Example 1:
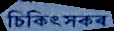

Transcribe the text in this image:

চিকিৎসকৰ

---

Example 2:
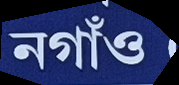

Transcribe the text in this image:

নগাঁও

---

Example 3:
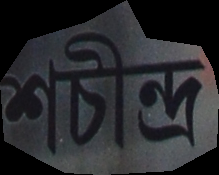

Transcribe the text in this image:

শচীন্দ্ৰ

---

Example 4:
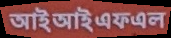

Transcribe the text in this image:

আইআইএফএল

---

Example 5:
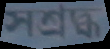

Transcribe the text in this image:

সশ্ৰদ্ধ